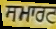
ਸਮਾਰਟ